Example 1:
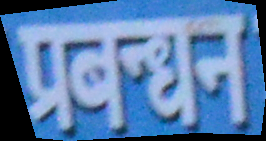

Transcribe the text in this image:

प्रबन्धन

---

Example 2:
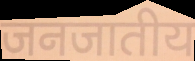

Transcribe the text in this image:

जनजातीय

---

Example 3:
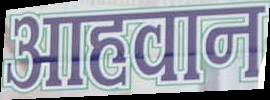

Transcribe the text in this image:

आहवान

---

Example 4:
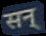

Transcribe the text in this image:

सन्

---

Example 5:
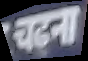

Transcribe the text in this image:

चढ़ना